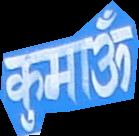
कुमाऊँ